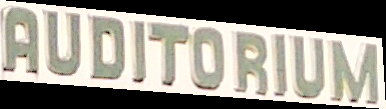
AUDITORIUM